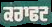
ਕਰਾਫਟ